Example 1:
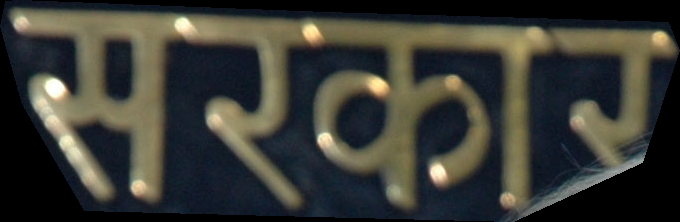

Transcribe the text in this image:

सरकार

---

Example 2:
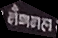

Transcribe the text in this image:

नैशनल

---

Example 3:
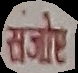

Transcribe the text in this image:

सजोर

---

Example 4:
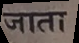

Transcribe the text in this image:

जाता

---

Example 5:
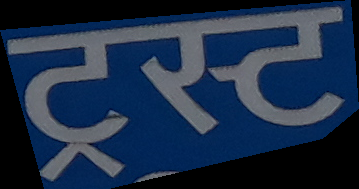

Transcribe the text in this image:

ट्रस्ट